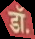
डॉ.